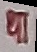
था